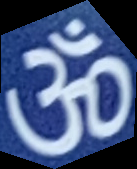
ॐ